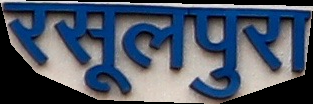
रसूलपुरा